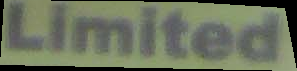
Limited